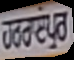
ਹਰਰਾਏਪੁਰ